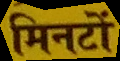
मिनटों